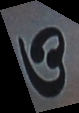
ও